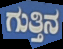
ಗುತ್ತನ